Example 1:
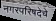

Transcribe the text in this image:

नगरपरिषदेचे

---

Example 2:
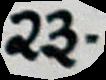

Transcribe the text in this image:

२३-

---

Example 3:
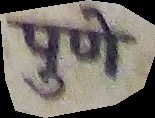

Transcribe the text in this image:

पुणे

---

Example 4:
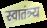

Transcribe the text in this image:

स्वातंत्र्य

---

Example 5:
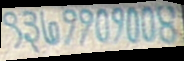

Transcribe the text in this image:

९३७११०१००४